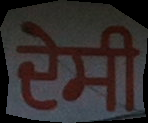
ਦੇਸੀ